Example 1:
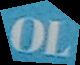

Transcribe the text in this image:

OL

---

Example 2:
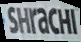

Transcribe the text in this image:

SHraCHI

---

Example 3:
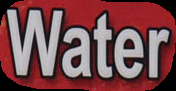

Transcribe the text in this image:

Water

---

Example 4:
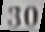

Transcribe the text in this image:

30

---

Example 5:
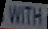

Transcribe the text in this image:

WITH